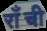
राँची